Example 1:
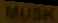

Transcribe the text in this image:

MUSK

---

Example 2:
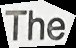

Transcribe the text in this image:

The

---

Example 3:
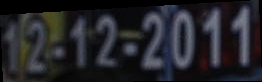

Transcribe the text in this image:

12-12-2011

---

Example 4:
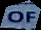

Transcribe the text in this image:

OF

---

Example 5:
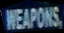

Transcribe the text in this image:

WEAPONS,